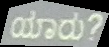
ಯಾರು?